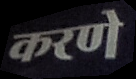
करणे